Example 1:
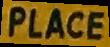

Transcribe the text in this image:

PLACE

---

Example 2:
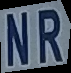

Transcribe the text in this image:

NR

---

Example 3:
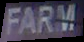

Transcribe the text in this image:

FARM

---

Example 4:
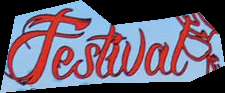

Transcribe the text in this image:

Festival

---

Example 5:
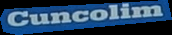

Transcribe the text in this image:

Cuncolim